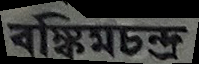
বঙ্কিমচন্দ্র